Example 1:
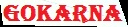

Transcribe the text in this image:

GOKARNA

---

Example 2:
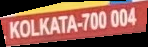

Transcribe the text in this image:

KOLKATA-700004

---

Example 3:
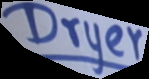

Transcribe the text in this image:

Dryer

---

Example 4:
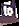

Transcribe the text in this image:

to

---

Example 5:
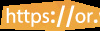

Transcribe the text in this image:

https://or.